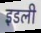
इडली